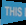
THIS